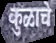
कुळाचे